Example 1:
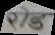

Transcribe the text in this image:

रोड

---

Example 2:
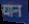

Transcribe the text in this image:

यान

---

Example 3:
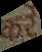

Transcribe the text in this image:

करे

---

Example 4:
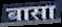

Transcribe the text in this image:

बासा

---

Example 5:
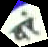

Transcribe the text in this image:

दरे